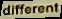
different